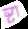
ਦਾ